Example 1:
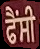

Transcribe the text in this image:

ਫੈਂਸੀ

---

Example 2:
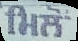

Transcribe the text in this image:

ਮਿਲੇ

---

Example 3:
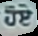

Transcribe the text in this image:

ਹੋਏ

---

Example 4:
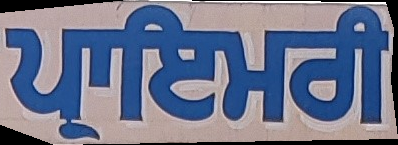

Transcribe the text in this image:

ਪ੍ਰਾਇਮਰੀ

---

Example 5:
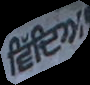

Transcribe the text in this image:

ਵਿੱਦਿਆ